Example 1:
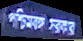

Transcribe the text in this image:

পশ্চিমবঙ্গ সরকার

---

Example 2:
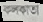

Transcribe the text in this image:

কলকাতা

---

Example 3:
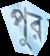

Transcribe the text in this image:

পুর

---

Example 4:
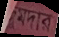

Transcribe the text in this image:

মদার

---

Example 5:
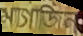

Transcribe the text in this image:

ম্যাগাজিন